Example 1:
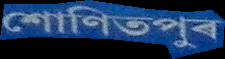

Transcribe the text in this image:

শোণিতপুৰ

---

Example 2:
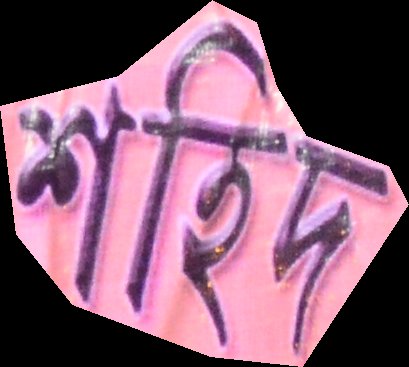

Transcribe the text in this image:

শহিদ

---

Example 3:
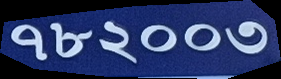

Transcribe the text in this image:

৭৮২০০৩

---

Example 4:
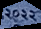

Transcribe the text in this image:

২০২২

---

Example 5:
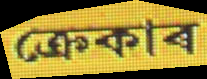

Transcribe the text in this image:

ক্ৰেকাৰ